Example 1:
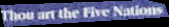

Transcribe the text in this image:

ThouarttheFiveNations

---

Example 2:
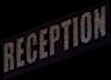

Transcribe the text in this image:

RECEPTION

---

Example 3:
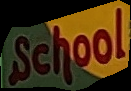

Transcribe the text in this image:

School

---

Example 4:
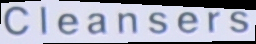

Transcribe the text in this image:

Cleansers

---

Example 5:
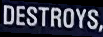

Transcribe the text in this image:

DESTROYS,